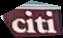
citi